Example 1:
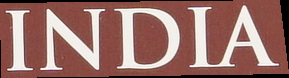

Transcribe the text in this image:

INDIA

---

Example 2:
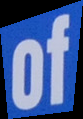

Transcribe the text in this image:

of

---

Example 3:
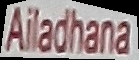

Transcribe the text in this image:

Ailadhana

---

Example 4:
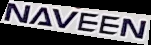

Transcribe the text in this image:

NAVEEN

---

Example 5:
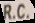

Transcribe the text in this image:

R.C.